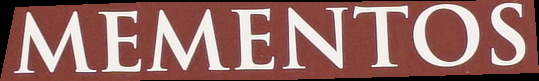
MEMENTOS